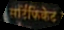
सर्टिफिकेट